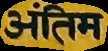
अंतिम